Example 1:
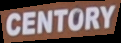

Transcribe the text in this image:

CENTORY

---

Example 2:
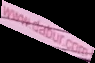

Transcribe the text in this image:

www.dabur.com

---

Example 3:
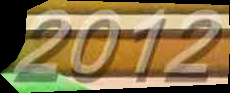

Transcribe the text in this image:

2012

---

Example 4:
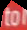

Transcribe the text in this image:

to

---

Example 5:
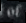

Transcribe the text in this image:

of